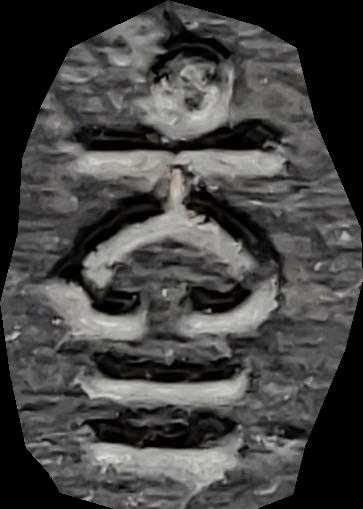
ਨੂੰ